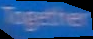
Together